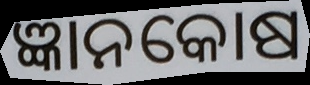
ଜ୍ଞାନକୋଷ